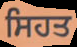
ਸਿਹਤ